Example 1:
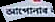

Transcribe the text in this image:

আপোনাৰ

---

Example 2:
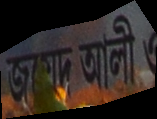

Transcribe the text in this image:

জাম্মদ আলী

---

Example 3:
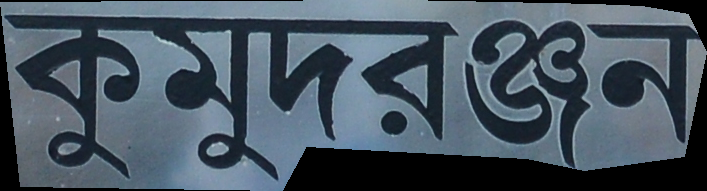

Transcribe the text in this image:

কুমুদরঞ্জন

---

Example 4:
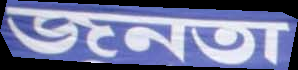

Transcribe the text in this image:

জনতা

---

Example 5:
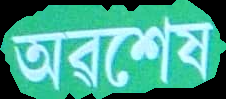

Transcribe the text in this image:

অৱশেষ